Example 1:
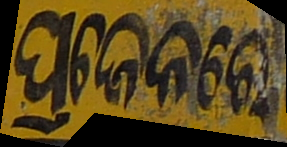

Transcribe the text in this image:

ପ୍ରଜେନରେ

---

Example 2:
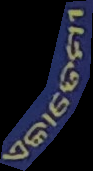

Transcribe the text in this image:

ଏକାଡେମୀ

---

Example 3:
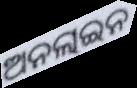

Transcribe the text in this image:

ଅନଲଇନ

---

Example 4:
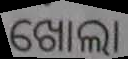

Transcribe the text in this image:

ଖୋଲା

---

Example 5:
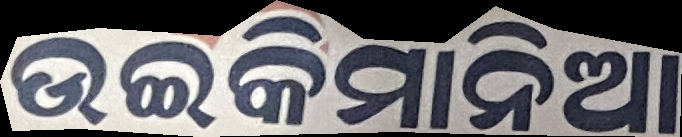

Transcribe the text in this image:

ଉଇକିମାନିଆ